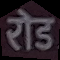
रोड